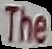
The